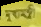
মুখ্যমন্ত্রী